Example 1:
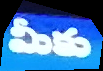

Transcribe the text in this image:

మీకు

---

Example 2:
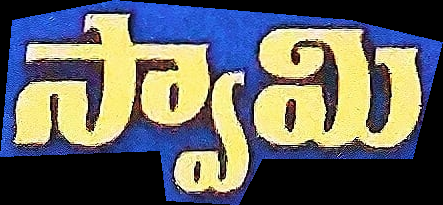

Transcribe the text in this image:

స్వామి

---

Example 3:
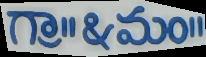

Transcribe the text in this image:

గ్రా॥ &మం॥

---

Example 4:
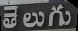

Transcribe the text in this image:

తెలుగు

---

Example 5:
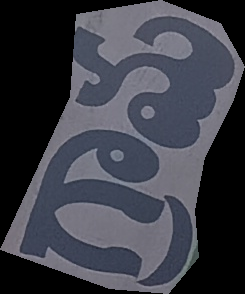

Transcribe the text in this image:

గ్రామ